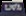
LVL